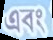
এবং